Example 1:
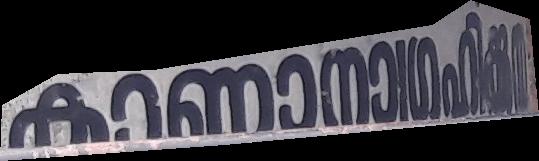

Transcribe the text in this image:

കാണാനാക്കെ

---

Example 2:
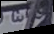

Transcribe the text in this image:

ഈ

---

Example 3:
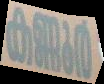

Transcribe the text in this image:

കണ്ണൂർ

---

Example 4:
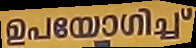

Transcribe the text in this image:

ഉപയോഗിച്ച്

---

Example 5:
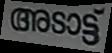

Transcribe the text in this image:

അടാട്ട്